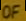
OF